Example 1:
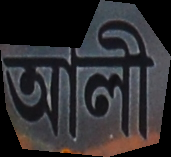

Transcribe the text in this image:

আলী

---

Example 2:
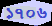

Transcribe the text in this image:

১৭০৬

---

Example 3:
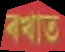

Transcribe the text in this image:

ৰখাত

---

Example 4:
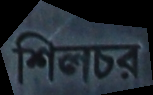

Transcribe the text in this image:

শিলচর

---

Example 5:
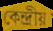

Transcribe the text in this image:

কেন্দ্ৰীয়